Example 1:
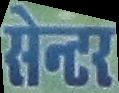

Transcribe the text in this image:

सेन्टर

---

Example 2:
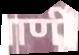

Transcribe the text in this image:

णी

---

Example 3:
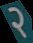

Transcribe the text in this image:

२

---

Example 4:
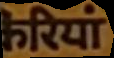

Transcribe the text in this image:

केरियां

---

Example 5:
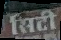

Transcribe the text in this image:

सिटी